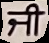
ਜੀ